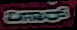
ಏಗಾರ್